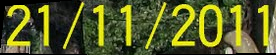
21/11/2011